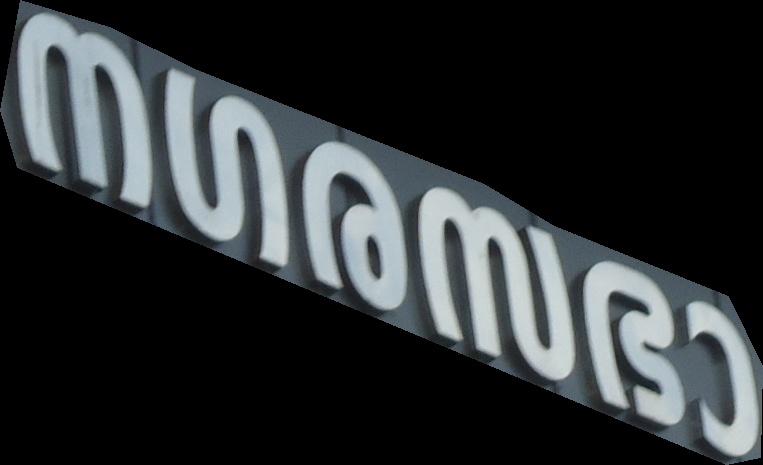
നഗരസഭാ